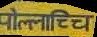
पोल्लाच्चि